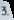
3.